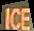
ICE